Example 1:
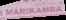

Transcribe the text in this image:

MARIKAMBA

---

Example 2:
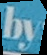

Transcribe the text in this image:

by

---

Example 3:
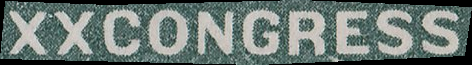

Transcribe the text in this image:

XXCONGRESS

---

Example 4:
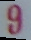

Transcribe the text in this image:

9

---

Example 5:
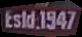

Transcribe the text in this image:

Estd.1947